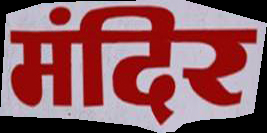
मंदिर